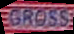
GROSS